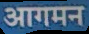
आगमन